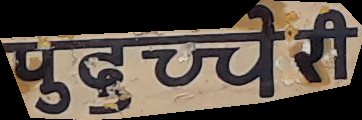
पुदुच्चेरी